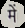
में